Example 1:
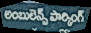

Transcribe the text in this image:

అంబులెన్స్ పార్కింగ్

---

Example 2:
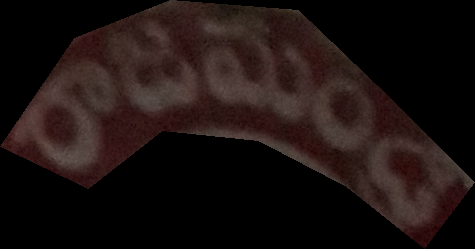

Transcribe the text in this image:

రాజమండ్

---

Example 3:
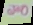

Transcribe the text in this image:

వారి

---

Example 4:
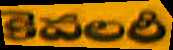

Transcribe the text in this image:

కెవలరీ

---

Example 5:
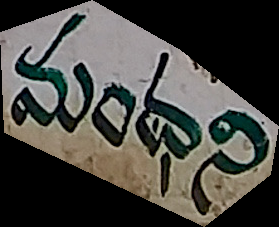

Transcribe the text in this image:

మంధని